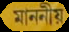
মাননীয়